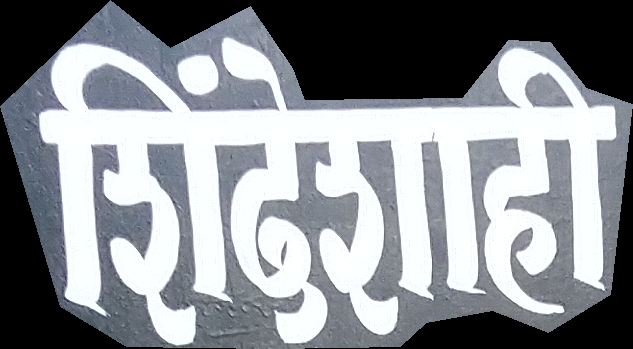
शिंदेशाही